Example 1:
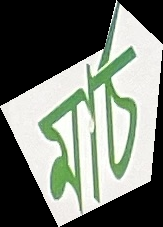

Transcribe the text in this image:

মার্চ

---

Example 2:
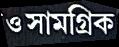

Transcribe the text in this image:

ওসামগ্রিক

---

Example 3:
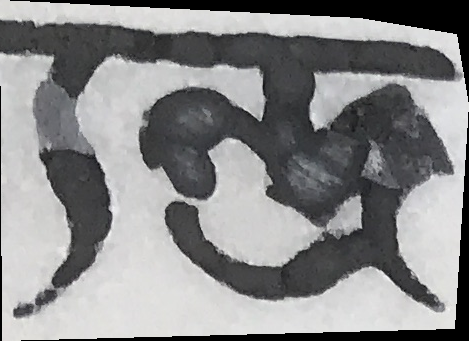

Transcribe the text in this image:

ন্দ্র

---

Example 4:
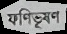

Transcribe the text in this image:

ফণিভূষণ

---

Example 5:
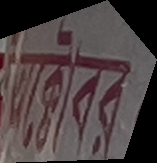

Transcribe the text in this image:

অক্টোবর